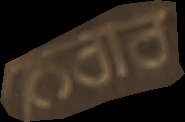
ਨਗਰ